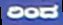
ರಿಂದ